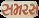
સમરસ